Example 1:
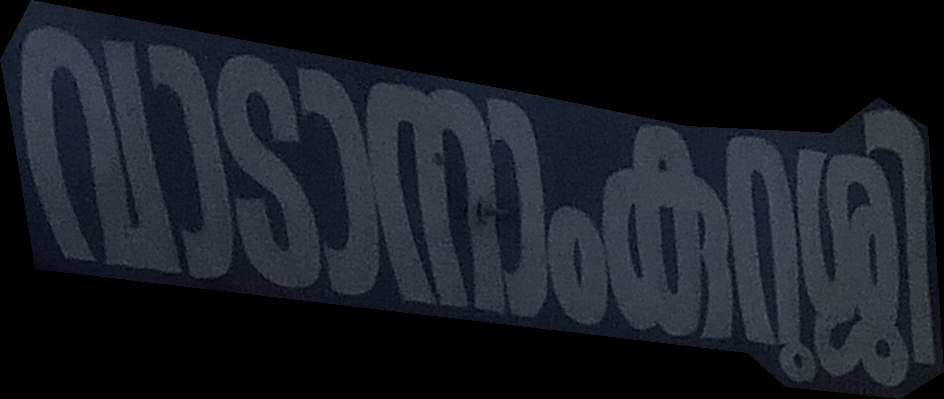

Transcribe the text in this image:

വാടാനാംകരശ്ശി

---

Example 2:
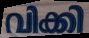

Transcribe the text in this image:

വിക്കി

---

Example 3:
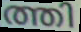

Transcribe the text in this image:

ത്തി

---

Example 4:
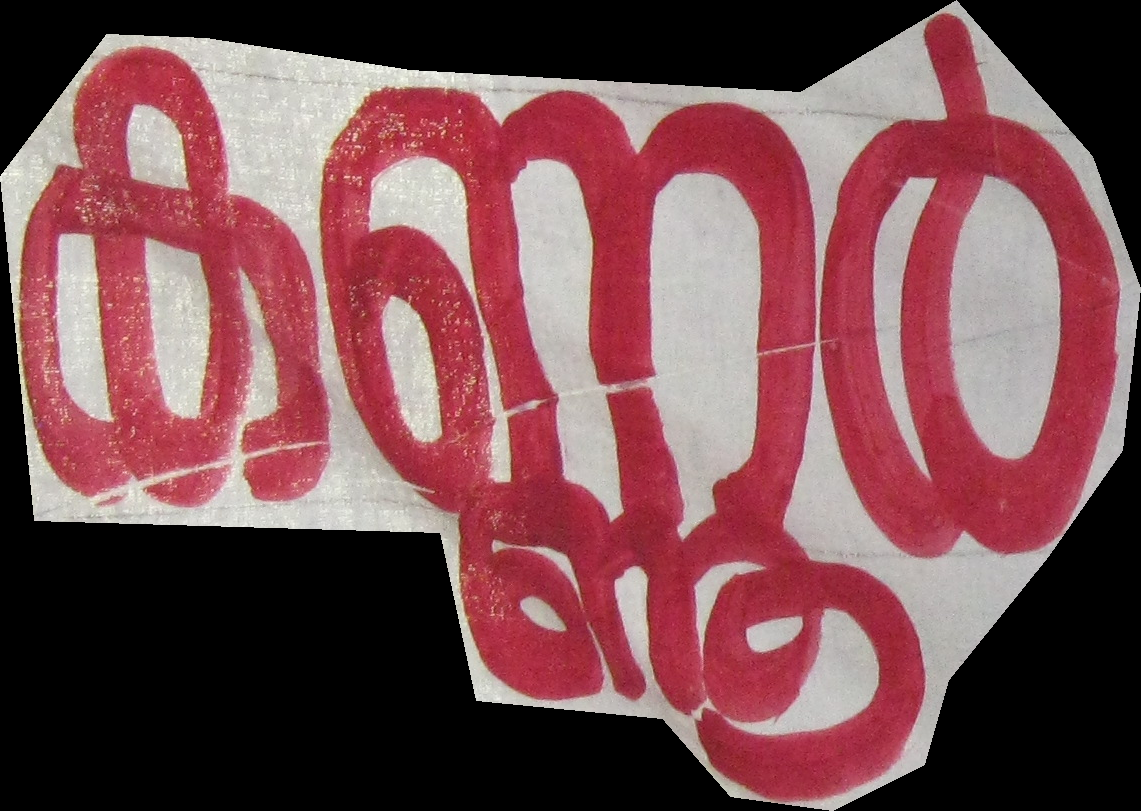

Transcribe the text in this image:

കണ്ണൂർ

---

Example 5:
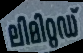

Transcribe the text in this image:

ലിമിറ്റഡ്